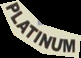
PLATINUM